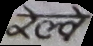
रेल्वे